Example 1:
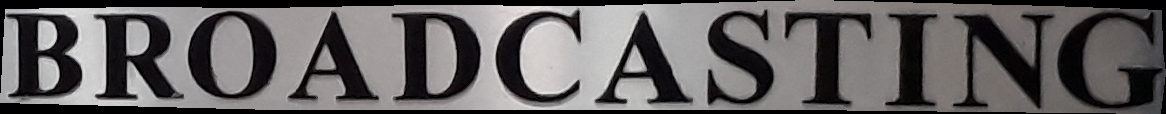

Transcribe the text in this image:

BROADCASTING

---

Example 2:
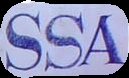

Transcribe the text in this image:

SSA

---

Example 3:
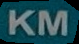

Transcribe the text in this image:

KM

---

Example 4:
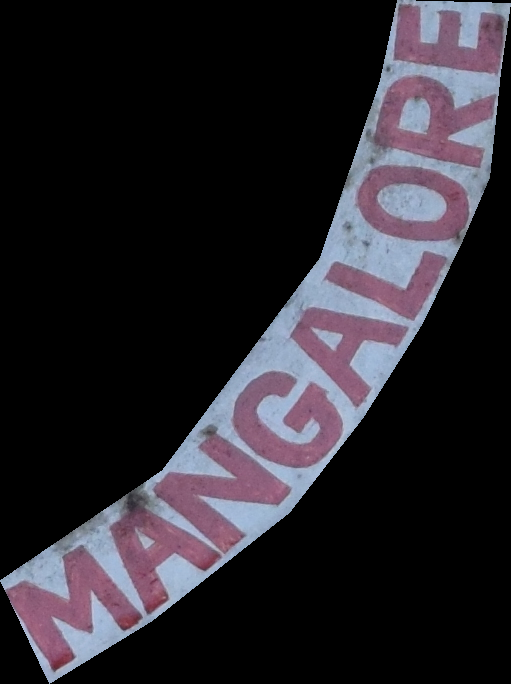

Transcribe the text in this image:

MANGALORE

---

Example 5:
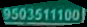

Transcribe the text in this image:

9503511100